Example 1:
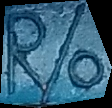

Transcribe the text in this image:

R/o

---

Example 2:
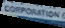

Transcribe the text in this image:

CORPORATION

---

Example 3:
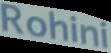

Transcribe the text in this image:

Rohini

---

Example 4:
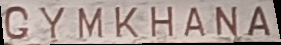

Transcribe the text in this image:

GYMKHANA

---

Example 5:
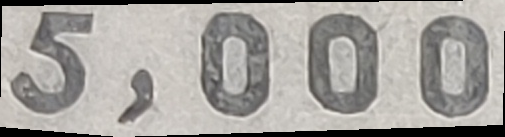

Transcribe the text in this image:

5,000